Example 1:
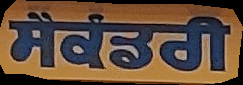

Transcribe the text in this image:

ਸੈਕੰਡਰੀ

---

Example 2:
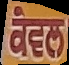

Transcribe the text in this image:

ਕੇਵਲ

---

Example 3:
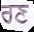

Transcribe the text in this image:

ਰਣ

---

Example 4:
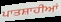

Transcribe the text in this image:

ਪਾਤਸ਼ਾਹੀਆਂ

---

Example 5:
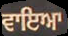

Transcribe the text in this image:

ਵਾਇਆ